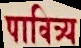
पावित्र्य